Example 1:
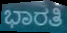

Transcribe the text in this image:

ಭಾರತಿ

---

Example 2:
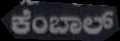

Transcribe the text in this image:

ಕೆಂಬಾಲ್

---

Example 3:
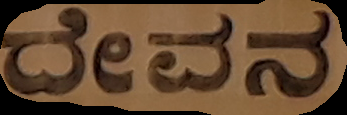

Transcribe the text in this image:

ದೇವನ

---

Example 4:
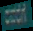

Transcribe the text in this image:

ರವರೆಗೆ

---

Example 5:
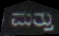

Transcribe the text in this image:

ಮತ್ತು